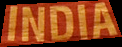
INDIA